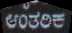
ಆಂತರಿಕ